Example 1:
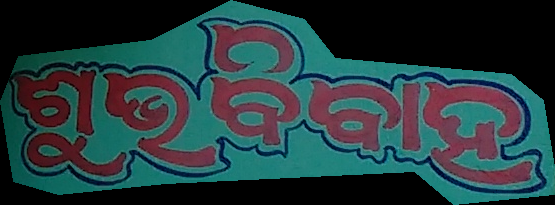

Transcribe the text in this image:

ଶୁଭ ବିବାହ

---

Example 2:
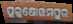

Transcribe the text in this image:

ପୁରୁଷୋତ୍ତମପୁର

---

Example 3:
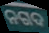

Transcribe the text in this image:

ନଗଦ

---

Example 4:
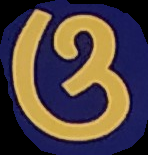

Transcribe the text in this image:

ଓ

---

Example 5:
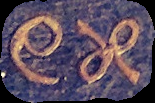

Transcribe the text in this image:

୧୫